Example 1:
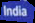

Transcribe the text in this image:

India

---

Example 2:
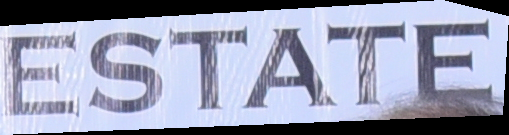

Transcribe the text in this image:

ESTATE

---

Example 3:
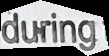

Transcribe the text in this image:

during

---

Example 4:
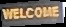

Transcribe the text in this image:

WELCOME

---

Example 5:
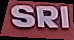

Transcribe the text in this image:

SRI